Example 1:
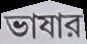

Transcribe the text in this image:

ভাষার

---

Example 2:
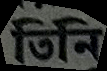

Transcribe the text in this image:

তিনি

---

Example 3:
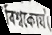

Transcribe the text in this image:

বিশ্বকোষ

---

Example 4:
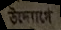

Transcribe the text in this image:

উদ্যোগে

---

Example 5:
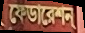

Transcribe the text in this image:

ফেডারেশন